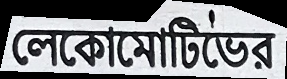
লেকোমোটিভের